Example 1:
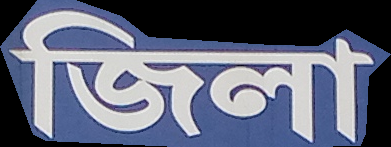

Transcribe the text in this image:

জিলা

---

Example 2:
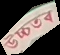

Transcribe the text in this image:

উচ্চতৰ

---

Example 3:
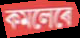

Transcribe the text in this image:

কমলেৰে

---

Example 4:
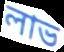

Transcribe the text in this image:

লাভ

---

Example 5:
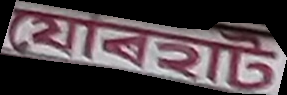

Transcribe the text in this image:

যোৰহাট